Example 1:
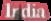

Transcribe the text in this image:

Idia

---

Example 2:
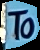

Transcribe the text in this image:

To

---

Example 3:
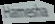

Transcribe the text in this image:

Hamesha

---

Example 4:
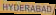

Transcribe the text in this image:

HYDERABAD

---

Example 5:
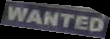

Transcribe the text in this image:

WANTED